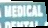
MEDICAL